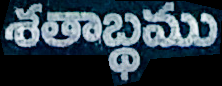
శతాబ్థము